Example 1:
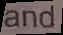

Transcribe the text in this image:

and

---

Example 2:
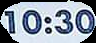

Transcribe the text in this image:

10:30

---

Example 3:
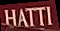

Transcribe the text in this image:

HATTI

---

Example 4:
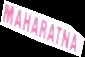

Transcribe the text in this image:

MAHARATNA.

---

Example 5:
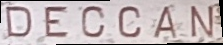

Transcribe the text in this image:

DECCAN